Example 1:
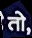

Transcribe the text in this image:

तो,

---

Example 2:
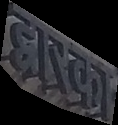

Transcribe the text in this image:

द्वारका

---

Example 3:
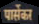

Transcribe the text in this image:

पार्सेकर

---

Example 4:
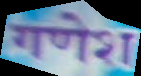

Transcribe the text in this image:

गणेश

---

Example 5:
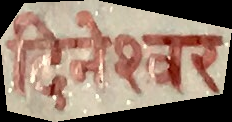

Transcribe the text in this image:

दिनेश्‍वर